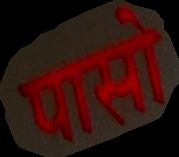
पासो